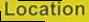
Location